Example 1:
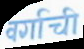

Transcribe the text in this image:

वर्गाची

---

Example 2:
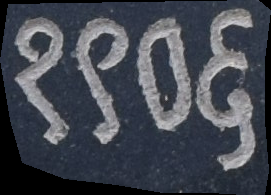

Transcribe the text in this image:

१९०६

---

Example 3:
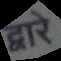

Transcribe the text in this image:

द्वारे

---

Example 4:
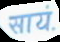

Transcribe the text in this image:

सायं.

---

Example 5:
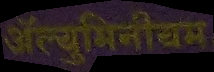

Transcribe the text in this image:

ॲल्युमिनीयम